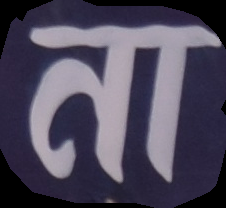
না